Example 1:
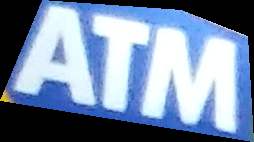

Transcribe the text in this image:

ATM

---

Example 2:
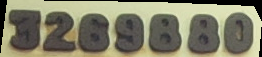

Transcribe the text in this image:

3269880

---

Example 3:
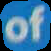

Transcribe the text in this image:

of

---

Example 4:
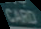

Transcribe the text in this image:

CARD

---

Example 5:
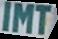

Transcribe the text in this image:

IMT